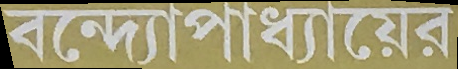
বন্দ্যোপাধ্যায়ের